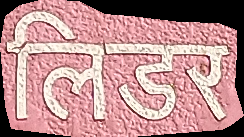
लिडर